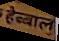
हेब्बाल